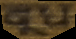
दूध